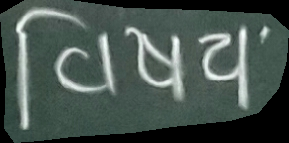
વિષય